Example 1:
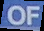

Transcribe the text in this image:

OF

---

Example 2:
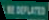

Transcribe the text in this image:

BE DEFLATED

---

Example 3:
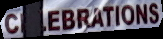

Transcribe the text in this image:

CELEBRATIONS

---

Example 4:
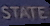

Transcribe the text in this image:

STATE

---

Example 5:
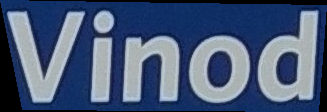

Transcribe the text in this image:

Vinod